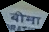
बीमा